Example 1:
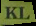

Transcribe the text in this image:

KL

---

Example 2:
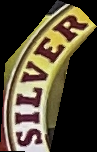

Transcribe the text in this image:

SILVER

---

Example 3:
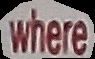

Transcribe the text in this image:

where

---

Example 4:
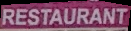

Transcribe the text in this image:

RESTAURANT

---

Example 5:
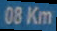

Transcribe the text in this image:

08Km